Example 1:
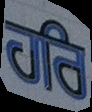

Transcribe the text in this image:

ਹਰਿ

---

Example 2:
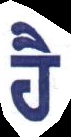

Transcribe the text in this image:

ਹੈ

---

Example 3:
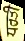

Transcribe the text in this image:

੫ਹਤੀ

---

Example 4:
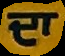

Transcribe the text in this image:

ਦਾ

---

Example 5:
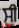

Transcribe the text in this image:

ਸੀ